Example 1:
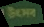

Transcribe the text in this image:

উৎসব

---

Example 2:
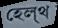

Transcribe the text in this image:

হেল্থ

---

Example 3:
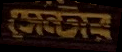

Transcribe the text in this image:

সেন্টার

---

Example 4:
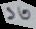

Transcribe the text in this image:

১৩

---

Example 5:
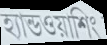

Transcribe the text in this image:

হ্যান্ডওয়াশিং